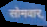
सोमवार